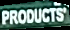
PRODUCTS